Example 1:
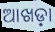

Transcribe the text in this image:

ଆଖଡ଼ା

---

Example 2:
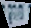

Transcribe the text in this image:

ମୋ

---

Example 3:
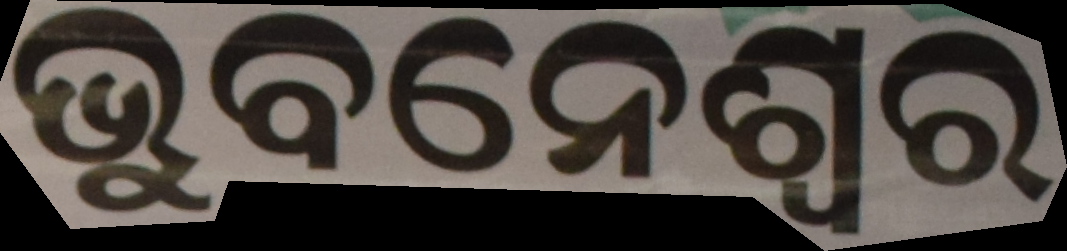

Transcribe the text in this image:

ଭୁବନେଶ୍ବର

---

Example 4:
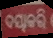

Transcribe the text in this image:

ଦୟାକରି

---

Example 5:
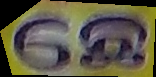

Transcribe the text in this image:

ଛେ